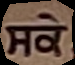
ਸਕੇ